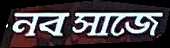
নবসাজে